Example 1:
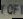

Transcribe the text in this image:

OF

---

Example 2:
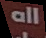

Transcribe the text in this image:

all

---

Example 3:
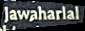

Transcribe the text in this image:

Jawaharlal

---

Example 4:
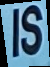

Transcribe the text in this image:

IS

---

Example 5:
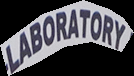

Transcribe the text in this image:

LABORATORY